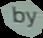
by